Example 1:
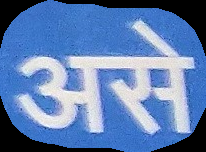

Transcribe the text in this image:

असे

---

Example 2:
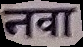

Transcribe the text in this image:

नवा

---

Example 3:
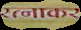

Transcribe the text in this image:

रत्नाकर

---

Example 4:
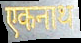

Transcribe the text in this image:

एकनाथ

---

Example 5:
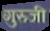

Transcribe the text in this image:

गुरुजी